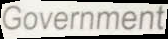
Government